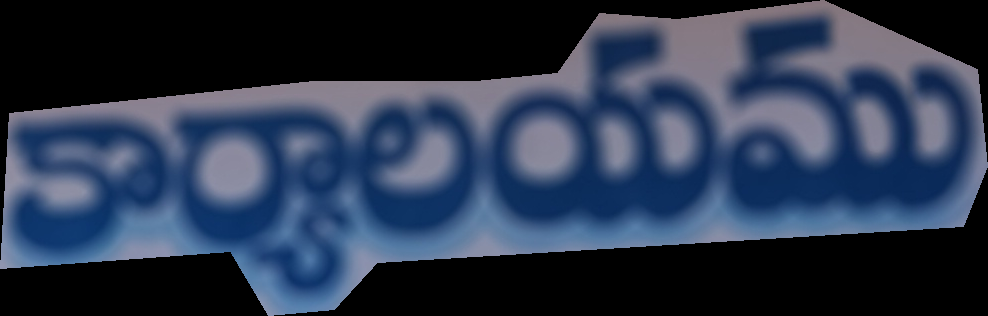
కార్యలయము